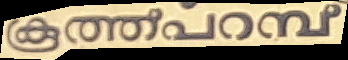
കൂത്ത്പറമ്പ്